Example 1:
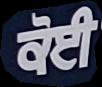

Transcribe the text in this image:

ਕੋਈ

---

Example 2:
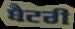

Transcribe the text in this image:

ਬੈਟਰੀ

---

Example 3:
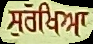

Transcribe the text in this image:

ਸੁਰੱਖਿਆ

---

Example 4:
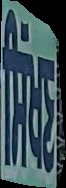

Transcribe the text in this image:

ਸਿੱਖਣ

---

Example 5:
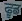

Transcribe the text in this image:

ਫੂਡ